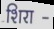
शिरा-